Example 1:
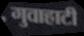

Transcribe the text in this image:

गुवाहाटी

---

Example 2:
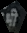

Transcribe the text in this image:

श्री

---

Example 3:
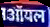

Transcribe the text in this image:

ऑयल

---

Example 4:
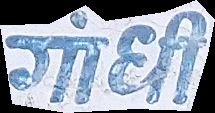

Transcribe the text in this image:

गांधी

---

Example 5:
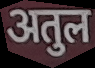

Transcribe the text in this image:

अतुल